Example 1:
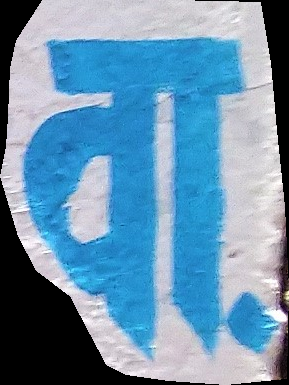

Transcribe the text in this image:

वा.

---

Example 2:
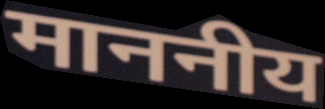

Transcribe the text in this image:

माननीय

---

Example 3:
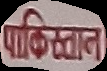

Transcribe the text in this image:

पाकिस्तान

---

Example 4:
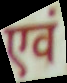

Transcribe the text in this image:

एवं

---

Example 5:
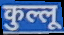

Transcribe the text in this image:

कुल्लू